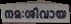
നമ:ശിവായ